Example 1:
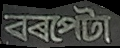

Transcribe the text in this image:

বৰপেটা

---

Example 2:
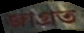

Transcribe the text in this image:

জাগ্রত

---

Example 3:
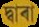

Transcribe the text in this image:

দ্বাৰা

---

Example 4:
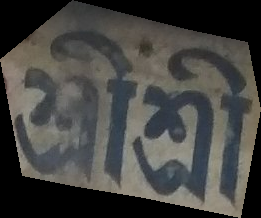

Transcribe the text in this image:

শ্ৰীশ্ৰী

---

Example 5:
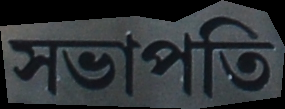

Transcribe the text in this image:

সভাপতি